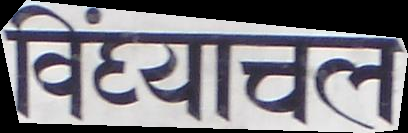
विंघ्याचल